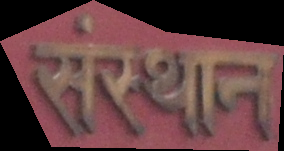
संस्थान